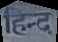
हिन्द